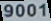
9001